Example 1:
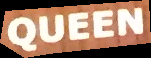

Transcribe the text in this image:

QUEEN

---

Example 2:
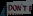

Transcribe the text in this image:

DON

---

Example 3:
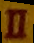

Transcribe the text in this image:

II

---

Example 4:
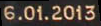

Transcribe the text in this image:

6.01.2013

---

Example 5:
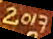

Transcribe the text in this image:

2017